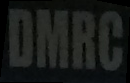
DMRC